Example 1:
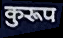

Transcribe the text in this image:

कुरूप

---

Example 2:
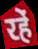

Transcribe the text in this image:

रहें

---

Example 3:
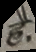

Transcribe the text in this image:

है.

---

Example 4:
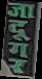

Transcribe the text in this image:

जादूगर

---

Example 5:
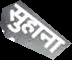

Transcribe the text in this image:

सुहाना